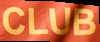
CLUB